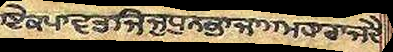
ਏਕਪਾਵਤਜਿਜੁਧੁਨਭਾਜਾ॥ ਮਹਾਰਾਜਦੈ